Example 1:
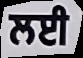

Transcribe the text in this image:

ਲਈ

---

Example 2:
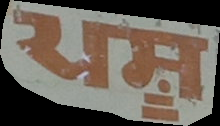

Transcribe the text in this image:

ਪਸ਼ੂ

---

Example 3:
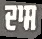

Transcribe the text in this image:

ਦਾਸ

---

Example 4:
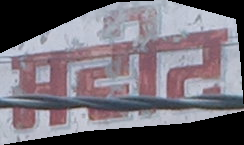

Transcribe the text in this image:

ਸਵੀਟ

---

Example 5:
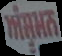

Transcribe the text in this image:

ਅੰਸੂਮਨ